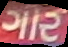
ગીર